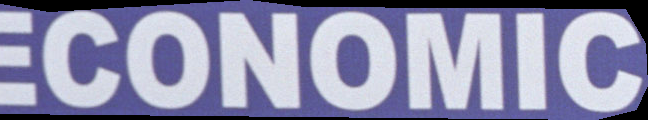
ECONOMIC